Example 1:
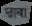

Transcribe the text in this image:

দ্বাৰা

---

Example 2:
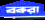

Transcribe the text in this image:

বকরা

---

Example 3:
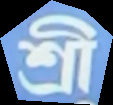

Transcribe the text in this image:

শ্রী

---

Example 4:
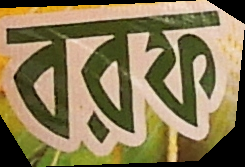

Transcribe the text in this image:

বরফ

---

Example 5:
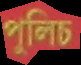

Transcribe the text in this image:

পুলিচ